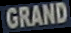
GRAND